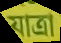
যাত্রা